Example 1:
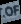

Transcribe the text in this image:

OF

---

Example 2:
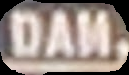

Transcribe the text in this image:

DAM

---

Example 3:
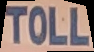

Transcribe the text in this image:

TOLL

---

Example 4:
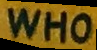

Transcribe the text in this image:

WHO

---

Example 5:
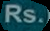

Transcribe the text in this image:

Rs.